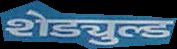
शेड्युल्ड